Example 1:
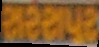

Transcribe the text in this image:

સરસપુર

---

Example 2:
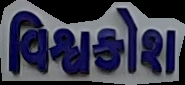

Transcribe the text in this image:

વિશ્વકોશ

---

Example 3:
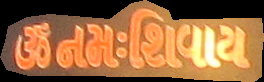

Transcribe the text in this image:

ૐ નમઃશિવાય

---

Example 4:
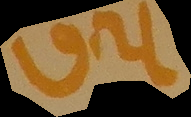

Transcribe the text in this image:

૭ય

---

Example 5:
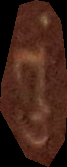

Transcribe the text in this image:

તું